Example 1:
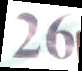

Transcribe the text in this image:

26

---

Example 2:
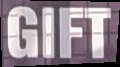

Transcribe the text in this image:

GIFT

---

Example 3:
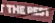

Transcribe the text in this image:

THEREST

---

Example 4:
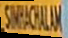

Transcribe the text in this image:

SIMHACHALAM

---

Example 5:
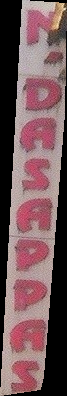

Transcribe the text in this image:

N.DASAPPAS